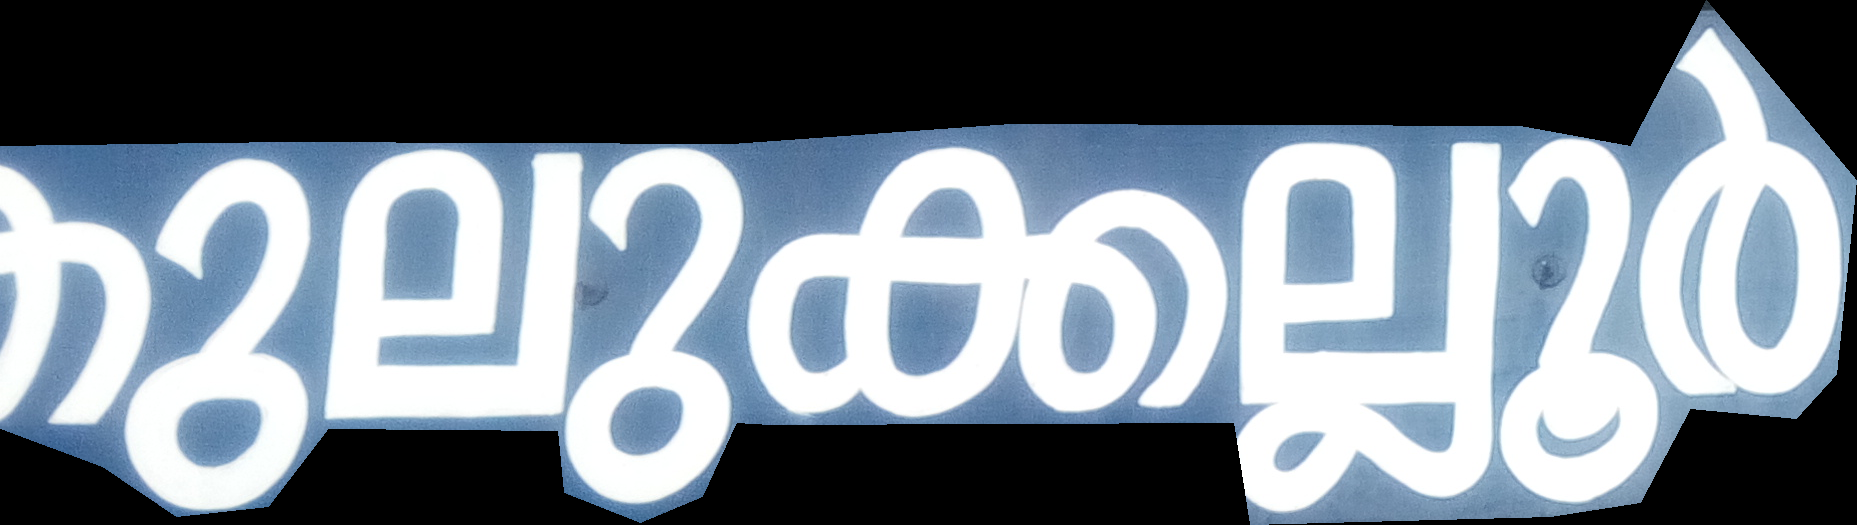
കുലുക്കല്ലൂർ